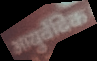
आयुवेंदिक